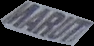
MARUT